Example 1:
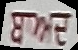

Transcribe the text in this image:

ਬਾਅਦ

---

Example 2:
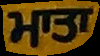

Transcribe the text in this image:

ਮਾਤਾ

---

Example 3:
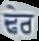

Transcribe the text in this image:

ਢੇਰ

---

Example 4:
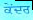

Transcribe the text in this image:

ਕੇਂਦਰ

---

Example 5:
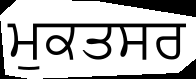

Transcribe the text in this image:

ਮੁਕਤਸਰ